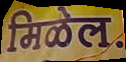
मिळेल.